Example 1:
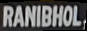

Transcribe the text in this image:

RANIBHOL,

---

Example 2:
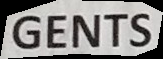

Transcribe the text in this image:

GENTS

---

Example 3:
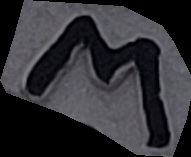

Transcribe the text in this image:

M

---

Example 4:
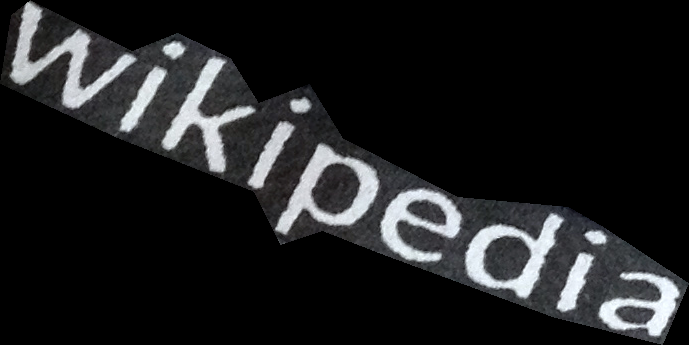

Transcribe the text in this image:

wikipedia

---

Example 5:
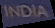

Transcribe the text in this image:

INDIA